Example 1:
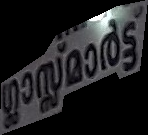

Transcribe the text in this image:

ഗ്ലാസ്സ്മാർട്ട്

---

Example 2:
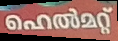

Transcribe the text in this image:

ഹെൽമറ്റ്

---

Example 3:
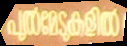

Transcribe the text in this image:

പുൽമേടുകളിൽ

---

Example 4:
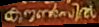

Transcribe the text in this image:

കൗൺപിൽ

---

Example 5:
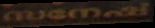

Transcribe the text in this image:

സനേഷ്